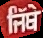
ਜਿੱਥੇ